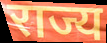
राज्य